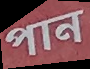
পান